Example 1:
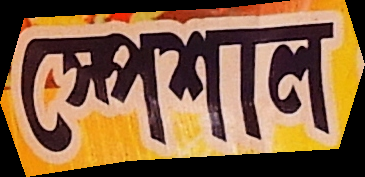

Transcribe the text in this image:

স্পেশাল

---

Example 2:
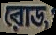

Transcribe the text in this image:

রোড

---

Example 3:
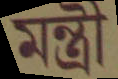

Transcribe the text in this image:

মন্ত্রী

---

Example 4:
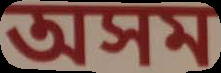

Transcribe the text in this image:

অসম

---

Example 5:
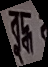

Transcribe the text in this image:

বুদ্ধ